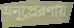
অনুপ্রেরণায়